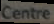
Centre